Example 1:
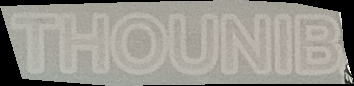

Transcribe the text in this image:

THOUNIB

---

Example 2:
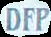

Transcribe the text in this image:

DFP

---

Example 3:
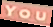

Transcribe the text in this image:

YOU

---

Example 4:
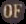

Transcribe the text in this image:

OF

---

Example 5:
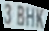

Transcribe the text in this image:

3BHK